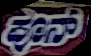
ಪೂನ್